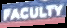
FACULTY